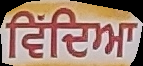
ਵਿਂਦਿਆ